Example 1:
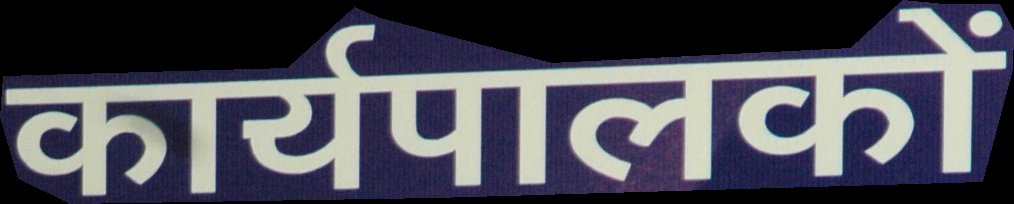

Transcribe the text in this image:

कार्यपालकों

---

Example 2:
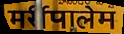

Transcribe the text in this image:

मर्रीपालेम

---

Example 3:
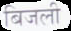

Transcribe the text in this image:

बिजली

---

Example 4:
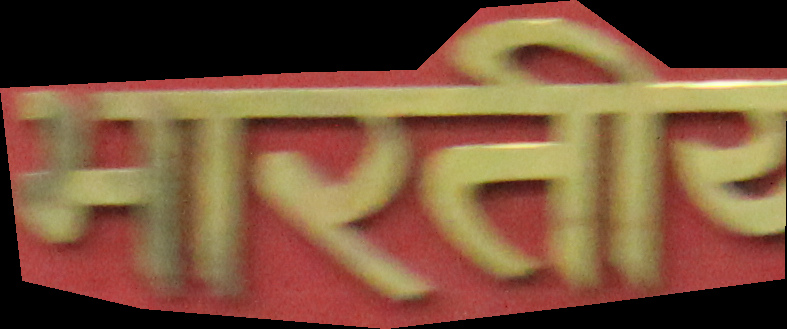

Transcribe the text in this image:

भारतीय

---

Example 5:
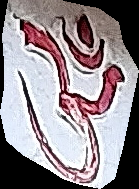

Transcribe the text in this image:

ॐ